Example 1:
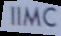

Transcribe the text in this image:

IIMC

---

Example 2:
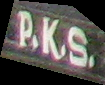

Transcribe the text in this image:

P.K.S.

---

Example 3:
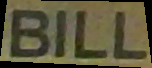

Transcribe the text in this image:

BILL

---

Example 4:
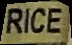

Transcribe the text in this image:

RICE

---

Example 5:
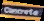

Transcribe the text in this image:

Concrete